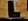
L